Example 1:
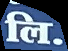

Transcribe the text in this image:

लि.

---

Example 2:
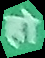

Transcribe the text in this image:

हो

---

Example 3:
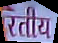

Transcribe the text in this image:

रतीय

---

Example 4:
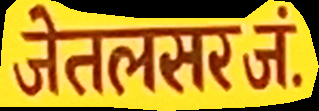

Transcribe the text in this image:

जेतलसरजं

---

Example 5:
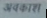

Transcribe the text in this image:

अवकाश